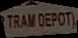
TRAMDEPOT)